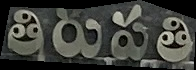
తిరుపతి